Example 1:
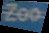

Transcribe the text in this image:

ZOO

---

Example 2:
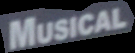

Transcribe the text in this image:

MUSICAL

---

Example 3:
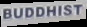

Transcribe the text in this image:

BUDDHIST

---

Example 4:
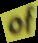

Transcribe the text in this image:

of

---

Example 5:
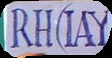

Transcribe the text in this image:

RH(IAY